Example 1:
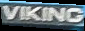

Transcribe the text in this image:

VIKING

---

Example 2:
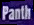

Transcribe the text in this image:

Panth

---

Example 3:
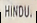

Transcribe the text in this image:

HINDU.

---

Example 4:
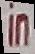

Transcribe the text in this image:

in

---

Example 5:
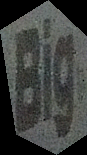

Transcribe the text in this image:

Big